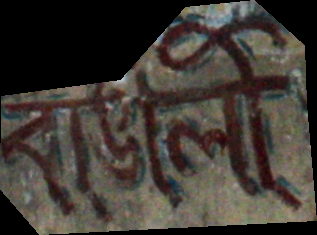
বাঙালী